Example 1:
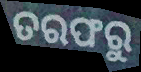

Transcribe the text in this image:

ତରଫରୁ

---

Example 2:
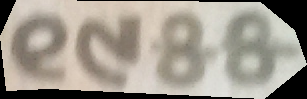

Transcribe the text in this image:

୧୯୫୫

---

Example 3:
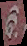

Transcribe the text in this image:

ବି.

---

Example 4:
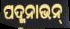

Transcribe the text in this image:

ପଦ୍ମନାଭନ୍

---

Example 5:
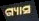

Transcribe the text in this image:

ଗ୍ୟାସ